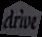
drive